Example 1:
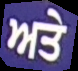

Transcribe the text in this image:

ਅਤੇ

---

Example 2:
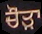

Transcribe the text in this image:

ਚੌੜਾ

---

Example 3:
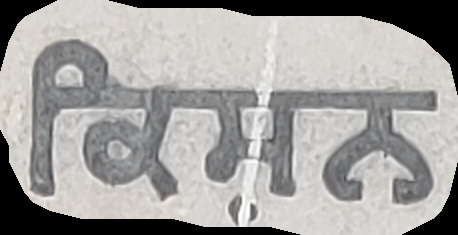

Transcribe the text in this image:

ਕਿਸ਼ਨ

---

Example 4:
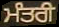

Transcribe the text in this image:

ਮੰਤਰੀ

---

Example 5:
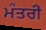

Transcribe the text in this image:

ਮੰਤਰੀ